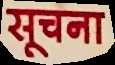
सूचना